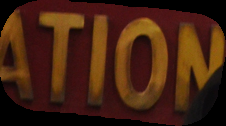
ATION